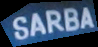
SARBA